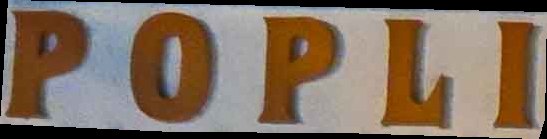
POPLI